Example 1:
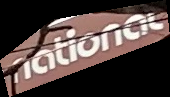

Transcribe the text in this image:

national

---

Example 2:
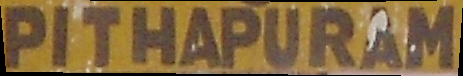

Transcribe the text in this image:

PITHAPURAM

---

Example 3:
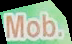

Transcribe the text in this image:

Mob.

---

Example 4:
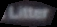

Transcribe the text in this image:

Litter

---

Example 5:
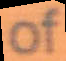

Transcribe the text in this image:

of